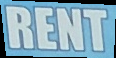
RENT